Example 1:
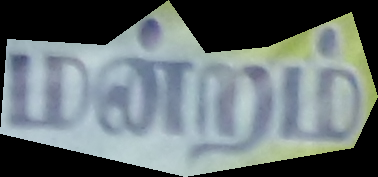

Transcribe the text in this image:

மன்றம்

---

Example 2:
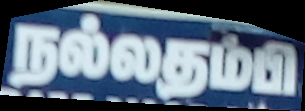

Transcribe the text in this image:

நல்லதமபி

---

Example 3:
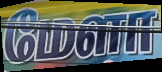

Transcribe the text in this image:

மேளா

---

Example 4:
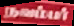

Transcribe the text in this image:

நவம்பா்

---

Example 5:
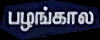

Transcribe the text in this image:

பழங்கால